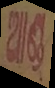
ଆଣ୍ତ